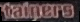
tainers